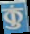
कुं